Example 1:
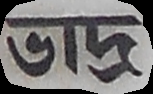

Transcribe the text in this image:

ভাদ্র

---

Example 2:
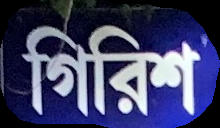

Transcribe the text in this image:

গিরিশ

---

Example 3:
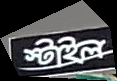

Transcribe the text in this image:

স্টাইল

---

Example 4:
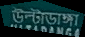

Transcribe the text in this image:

উল্টাডাঙ্গা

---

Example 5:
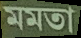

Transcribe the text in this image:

মমতা